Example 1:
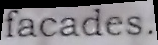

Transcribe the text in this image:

facades.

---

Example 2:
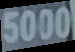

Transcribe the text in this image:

5000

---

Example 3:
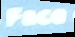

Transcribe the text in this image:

Face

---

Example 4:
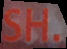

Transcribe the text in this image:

SH.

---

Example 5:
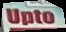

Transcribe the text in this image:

Upto